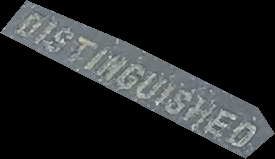
DISTINGUISHED